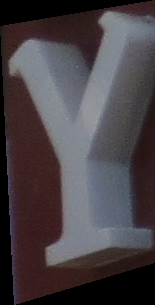
Y